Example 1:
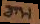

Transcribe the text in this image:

ਰਾਮ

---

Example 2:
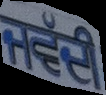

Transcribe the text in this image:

ਜਵੱਦੀ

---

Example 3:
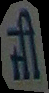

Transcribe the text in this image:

ਜੀ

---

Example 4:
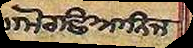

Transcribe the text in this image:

ਮੋਗਉਆਨਿਜ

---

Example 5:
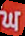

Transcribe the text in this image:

ਘ